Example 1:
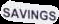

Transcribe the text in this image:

SAVINGS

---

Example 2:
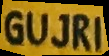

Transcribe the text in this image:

GUJRI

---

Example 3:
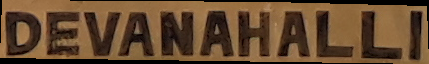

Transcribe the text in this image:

DEVANAHALLI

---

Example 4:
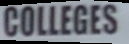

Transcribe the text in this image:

COLLEGES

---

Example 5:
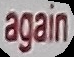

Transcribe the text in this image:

again